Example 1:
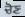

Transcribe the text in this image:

ਚੋਣ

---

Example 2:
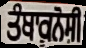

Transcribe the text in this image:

ਤੰਬਾਕਨੋਸ਼ੀ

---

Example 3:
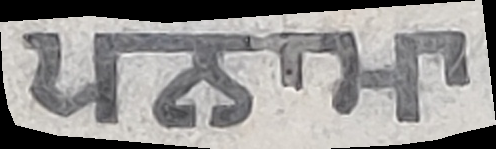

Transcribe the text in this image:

ਪਨਾਮਾ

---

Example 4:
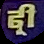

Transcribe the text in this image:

ਫ੍ਰੀ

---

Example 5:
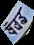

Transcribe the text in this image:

ਬੋਰਡ